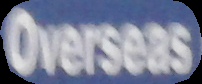
Overseas